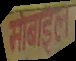
मोबाइल